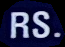
RS.